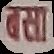
बसा